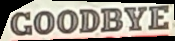
GOODBYE